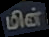
மின்